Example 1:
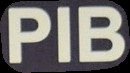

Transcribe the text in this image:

PIB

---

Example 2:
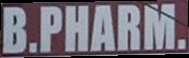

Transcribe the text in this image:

B.PHARM.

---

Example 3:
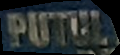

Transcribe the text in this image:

PUTUL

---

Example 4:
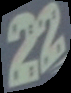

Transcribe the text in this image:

22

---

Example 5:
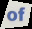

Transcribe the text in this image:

of